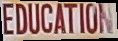
EDUCATION